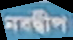
নবদ্বীপ